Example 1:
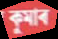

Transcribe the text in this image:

কুমাৰ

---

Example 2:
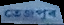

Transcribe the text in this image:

তেজপুৰ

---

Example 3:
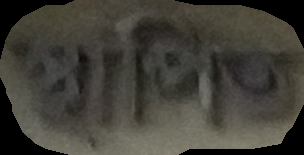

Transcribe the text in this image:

স্থপিত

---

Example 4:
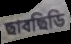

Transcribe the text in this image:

ছাবছিডি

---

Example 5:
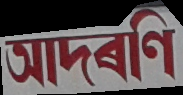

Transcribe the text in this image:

আদৰণি